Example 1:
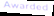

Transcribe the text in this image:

Awarded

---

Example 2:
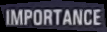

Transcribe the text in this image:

IMPORTANCE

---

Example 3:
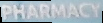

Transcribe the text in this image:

PHARMACY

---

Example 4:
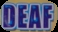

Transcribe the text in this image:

DEAF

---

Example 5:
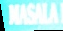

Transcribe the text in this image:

MASALA